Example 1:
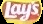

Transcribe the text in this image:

Lay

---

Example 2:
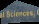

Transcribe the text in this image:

Sciences,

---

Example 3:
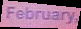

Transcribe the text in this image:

February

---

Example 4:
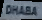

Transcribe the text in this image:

DHABA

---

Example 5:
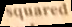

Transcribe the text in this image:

squared